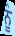
ਨੂੰ